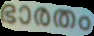
ഭാരതം